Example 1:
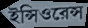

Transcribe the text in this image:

ইন্সিওরেন্স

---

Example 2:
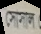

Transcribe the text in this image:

সোসাল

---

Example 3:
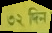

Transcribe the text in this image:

৩২দিন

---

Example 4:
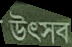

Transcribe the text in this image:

উৎসব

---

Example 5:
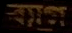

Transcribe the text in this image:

ব্যাগ